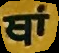
ਥਾਂ